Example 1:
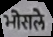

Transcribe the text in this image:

भोसले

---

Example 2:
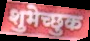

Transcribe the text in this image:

शुभेच्छुक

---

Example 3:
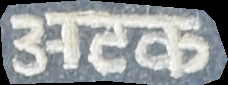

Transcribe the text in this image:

अटक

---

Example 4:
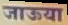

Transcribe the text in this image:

जाऊया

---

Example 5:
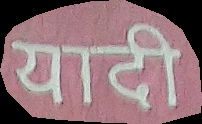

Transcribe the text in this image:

यादी